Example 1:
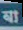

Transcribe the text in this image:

वा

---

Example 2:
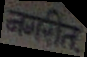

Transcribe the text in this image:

नगरीत.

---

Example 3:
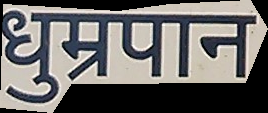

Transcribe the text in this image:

धुम्रपान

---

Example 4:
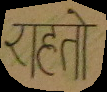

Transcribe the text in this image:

राहतो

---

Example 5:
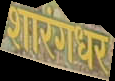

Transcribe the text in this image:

शारंगधर